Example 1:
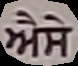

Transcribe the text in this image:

ਐਸੇ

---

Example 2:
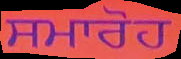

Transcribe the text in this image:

ਸਮਾਰੋਹ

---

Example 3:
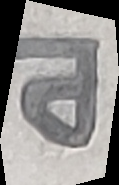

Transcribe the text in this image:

ਹ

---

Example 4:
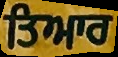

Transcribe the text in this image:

ਤਿਆਰ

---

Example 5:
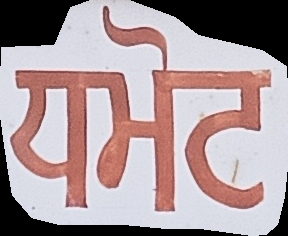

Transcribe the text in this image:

ਧਮੋਟ